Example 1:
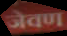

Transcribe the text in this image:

जेवण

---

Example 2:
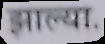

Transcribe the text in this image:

झाल्या.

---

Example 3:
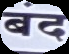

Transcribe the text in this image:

बंद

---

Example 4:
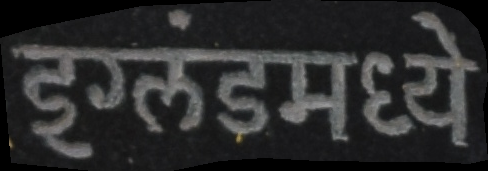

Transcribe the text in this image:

इग्लंडमध्ये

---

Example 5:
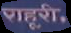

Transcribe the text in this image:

राहूरी,